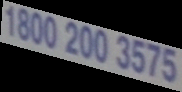
18002003575